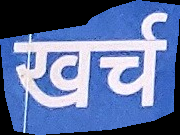
खर्च